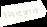
निदेशक